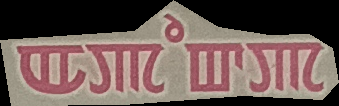
ꯑꯄꯣꯛꯄ